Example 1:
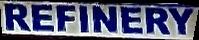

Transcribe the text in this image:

REFINERY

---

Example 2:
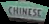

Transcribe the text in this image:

CHINESE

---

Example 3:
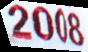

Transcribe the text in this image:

2008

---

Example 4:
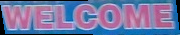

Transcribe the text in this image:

WELCOME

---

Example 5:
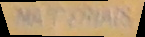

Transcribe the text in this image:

materials